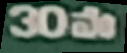
30ನೇ